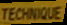
TECHNIQUE